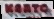
KSRTC